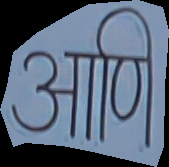
अणि